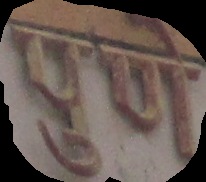
पुणे